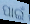
ପାଇଁ